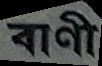
বাণী